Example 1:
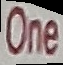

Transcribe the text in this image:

One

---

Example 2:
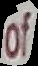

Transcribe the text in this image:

of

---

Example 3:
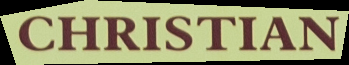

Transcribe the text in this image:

CHRISTIAN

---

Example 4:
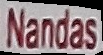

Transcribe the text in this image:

Nandas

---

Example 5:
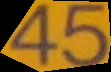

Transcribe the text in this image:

45